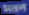
भवन